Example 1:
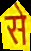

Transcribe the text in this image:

से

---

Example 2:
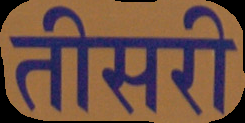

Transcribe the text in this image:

तीसरी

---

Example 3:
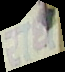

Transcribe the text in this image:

राधे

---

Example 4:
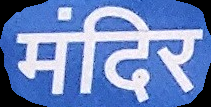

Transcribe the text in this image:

मंदिर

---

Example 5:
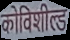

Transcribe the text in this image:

कोविशील्ड